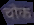
चौक